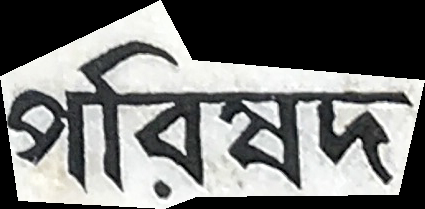
পরিষদ